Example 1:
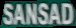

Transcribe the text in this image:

SANSAD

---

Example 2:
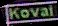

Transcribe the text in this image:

Koval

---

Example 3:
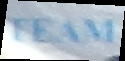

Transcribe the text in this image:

TEAM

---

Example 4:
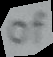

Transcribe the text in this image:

of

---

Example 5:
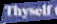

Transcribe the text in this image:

Thyself